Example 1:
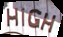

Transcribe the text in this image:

HIGH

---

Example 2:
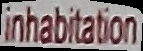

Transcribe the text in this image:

inhabitation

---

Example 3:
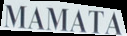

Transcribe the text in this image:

MAMATA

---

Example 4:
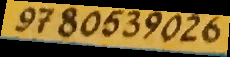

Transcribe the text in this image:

9780539026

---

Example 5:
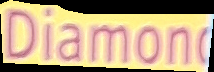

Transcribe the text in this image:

Diamond